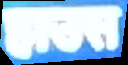
हाउस